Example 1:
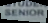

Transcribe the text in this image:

SENIOR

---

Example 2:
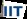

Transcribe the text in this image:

IIT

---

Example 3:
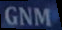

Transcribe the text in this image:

GNM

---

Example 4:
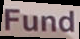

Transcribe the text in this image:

Fund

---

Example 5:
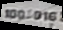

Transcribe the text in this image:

100:016